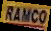
RAMCO